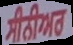
ਸੀਨੀਅਰ